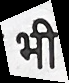
भी